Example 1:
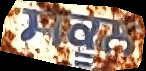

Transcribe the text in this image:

ਸਕੂਲ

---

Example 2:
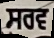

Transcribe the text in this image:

ਸਰਵ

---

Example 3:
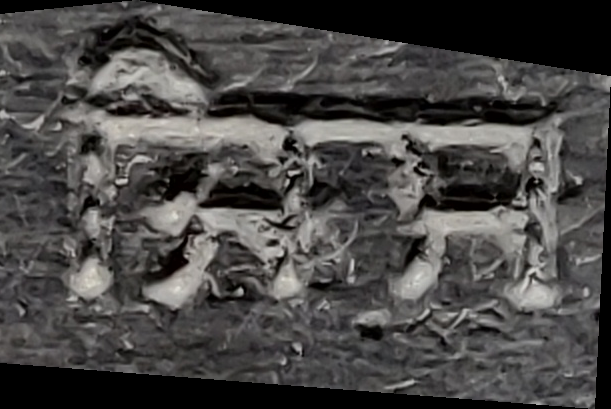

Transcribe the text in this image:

ਜਿਸ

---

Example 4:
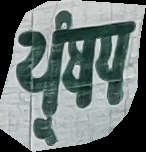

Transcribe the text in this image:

ਪ੍ਰੰਬਧ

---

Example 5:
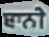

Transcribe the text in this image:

ੲਾਨੀ